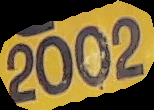
2002